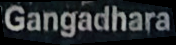
Gangadhara